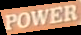
POWER